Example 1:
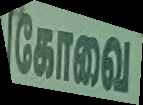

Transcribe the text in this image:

௧௧௧௯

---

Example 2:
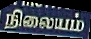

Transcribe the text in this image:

நிலையம்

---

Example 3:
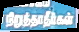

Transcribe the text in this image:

நிறுத்தாதிர்கள்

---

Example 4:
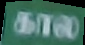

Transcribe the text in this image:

கால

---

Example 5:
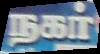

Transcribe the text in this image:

நகா்